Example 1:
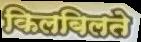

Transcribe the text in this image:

किलबिलते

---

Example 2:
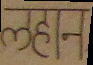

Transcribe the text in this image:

लहान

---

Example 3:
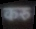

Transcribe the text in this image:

करु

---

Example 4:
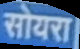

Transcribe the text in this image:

सोयरा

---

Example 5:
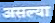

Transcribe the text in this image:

असल्या